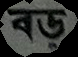
বড়